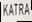
KATRA